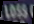
LOSS